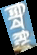
শিব লি